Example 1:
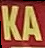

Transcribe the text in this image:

KA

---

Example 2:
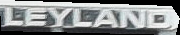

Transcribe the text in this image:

LEYLAND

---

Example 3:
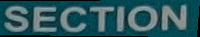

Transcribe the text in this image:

SECTION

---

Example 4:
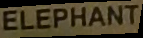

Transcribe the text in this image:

ELEPHANT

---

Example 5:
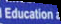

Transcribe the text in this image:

Education